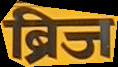
ब्रिज